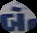
બે